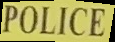
POLICE